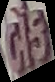
બેંક